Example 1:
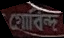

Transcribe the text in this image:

গোবিন্দ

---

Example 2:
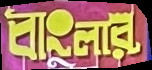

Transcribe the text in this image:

বাংলার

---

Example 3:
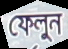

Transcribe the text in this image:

ফেলুন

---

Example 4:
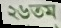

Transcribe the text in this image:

২৬তম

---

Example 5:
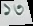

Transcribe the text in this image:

১৩